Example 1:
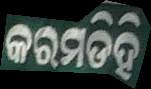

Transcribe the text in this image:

କରମତିହି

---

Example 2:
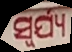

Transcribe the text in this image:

ସୂର୍ଯ୍ୟ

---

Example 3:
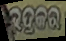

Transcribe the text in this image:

ମଦ୍ରକର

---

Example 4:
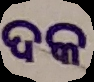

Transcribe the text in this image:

ଦକ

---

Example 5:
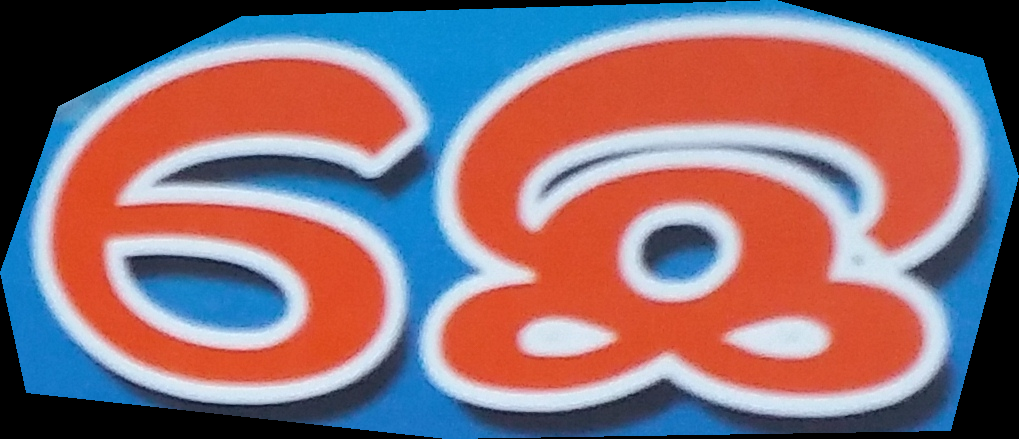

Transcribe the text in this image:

ଛେ